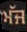
ਮੱਜ